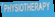
PHYSIOTHERAPY